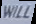
WILL